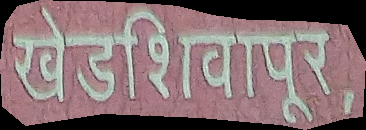
खेडशिवापूर,